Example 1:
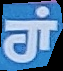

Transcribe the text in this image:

ਹਾਂ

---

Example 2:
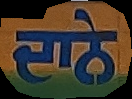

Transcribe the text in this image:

ਦਾਨੇ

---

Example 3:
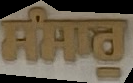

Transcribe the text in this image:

ਸੰਸਾਰੁ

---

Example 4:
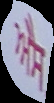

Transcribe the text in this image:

ਐਸ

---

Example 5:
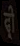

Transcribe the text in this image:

ਵੀ੍